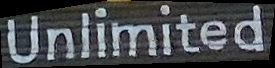
Unlimited